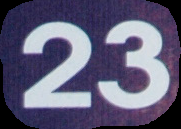
23